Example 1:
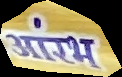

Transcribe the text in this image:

आंरभ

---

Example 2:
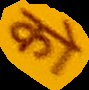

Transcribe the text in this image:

काे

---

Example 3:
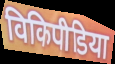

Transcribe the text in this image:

विकिपीडिया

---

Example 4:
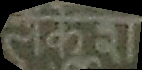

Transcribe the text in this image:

लकेश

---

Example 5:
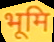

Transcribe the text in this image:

भूमि